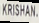
KRISHAN.